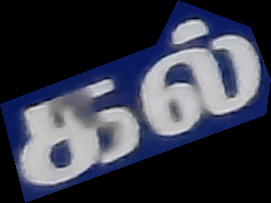
௧ல்